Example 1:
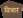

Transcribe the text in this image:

विचार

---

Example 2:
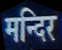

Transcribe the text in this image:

मन्दिर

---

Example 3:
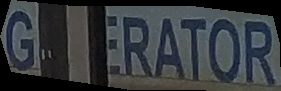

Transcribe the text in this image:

अन्यप्रभावन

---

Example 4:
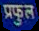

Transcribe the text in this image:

प्रफुल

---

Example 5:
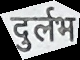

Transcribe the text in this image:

दुर्लभ